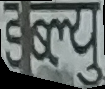
डब्ल्यु